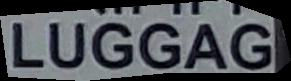
LUGGAG